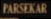
PARSEKAR